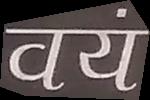
वयं